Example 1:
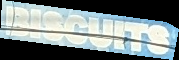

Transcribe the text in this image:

BISCUITS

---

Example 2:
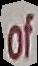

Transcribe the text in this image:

of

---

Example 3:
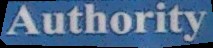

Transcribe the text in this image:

Authority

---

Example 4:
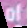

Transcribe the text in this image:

of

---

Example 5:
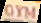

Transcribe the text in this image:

GYM